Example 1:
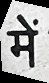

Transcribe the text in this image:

में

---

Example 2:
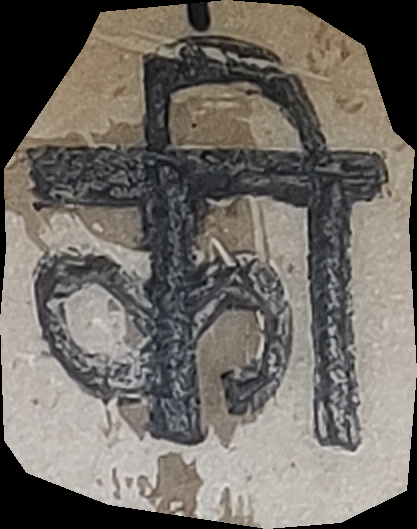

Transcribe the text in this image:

की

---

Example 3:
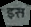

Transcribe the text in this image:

इस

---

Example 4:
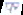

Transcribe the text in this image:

पर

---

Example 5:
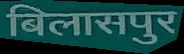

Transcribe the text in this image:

बिलासपुर